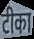
टीका